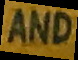
AND